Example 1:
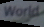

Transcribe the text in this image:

World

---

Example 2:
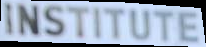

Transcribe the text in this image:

INSTITUTE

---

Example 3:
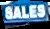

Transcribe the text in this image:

SALES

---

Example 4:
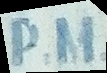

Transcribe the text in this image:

P.M.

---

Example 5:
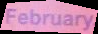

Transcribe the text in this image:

February